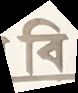
বি